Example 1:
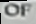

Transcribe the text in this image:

OF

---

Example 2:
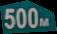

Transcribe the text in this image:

500M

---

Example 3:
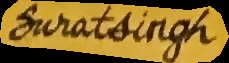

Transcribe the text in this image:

Suratsingh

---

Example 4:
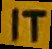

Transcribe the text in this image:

IT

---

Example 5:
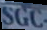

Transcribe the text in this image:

SGC